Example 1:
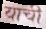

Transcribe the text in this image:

याची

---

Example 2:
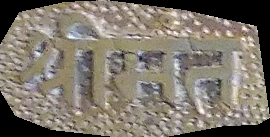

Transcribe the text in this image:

श्रीमत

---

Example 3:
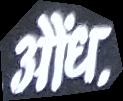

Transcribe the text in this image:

औंध,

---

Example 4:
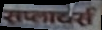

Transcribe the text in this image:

सप्लायर्स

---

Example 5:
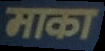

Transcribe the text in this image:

माका